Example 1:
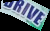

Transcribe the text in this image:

DRIVE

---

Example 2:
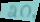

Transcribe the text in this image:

20.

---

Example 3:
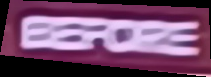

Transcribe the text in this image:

BEFORE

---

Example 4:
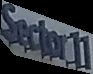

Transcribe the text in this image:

Secior11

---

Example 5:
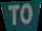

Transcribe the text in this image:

TO